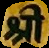
श्री